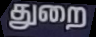
துறை